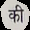
की